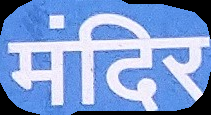
मंदिर